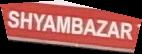
SHYAMBAZAR